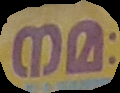
നമ: